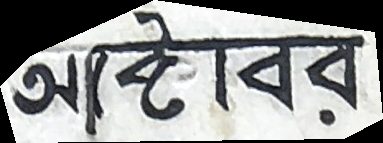
আক্টাবর